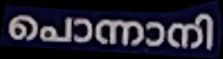
പൊന്നാനി